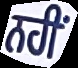
ਨਹੀਂ